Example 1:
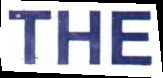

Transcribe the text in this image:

THE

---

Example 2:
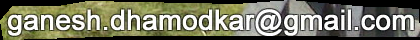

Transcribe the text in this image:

ganesh.dhamodkar@gmail.com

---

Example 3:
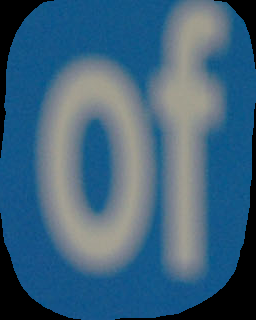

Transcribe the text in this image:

of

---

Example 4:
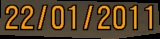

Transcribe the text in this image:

22/01/2011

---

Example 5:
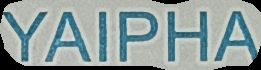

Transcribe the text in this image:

YAIPHA